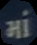
मां